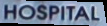
HOSPITAL